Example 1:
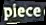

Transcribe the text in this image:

piece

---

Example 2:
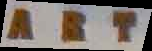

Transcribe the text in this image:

ART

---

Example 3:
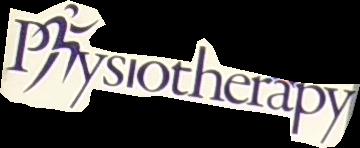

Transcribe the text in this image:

Phystotherapy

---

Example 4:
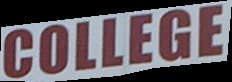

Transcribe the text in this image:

COLLEGE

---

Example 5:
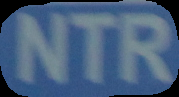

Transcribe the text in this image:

NTR